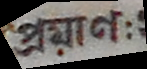
প্রয়াণ: